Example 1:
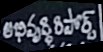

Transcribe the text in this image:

-అభివృద్ధి రిపోర్ట్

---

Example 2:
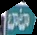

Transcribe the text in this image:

బాటా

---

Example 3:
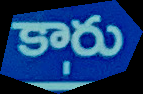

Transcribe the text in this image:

కారు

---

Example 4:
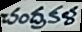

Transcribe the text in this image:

చంద్రకళ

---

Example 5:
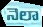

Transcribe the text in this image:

నెలా